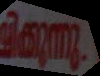
ചിക്കുന്നു